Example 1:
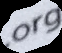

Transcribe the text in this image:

.org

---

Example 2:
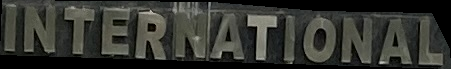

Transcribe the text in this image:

INTERNATIONAL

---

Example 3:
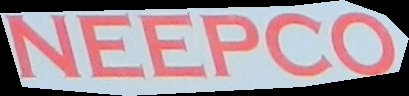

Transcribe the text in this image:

NEEPCO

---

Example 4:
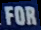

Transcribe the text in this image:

FOR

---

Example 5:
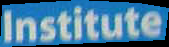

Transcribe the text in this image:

Institute